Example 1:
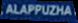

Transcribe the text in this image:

ALAPPUZHA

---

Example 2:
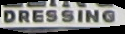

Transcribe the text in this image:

DRESSING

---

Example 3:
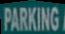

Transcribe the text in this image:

PARKING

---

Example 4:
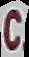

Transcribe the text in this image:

C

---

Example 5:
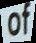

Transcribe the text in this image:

of